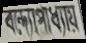
বন্দ্যোপাধ্যায়